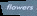
flowers